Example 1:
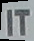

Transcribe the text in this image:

IT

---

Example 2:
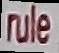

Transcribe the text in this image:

rule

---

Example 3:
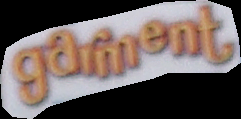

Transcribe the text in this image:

garment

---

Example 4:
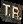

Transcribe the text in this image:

T.R.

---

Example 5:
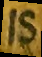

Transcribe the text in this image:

IS